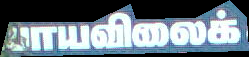
பாயவிலைக்